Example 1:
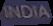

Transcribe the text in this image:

INDIA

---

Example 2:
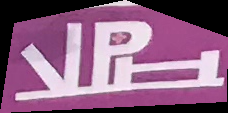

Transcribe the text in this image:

VPH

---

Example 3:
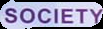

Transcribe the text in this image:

SOCIETY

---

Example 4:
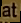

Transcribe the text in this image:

at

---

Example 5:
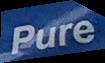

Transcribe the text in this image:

Pure